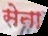
सेना